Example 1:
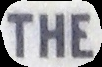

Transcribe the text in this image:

THE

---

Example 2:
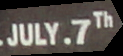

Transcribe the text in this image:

JULY.7Th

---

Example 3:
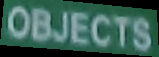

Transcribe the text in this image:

OBJECTS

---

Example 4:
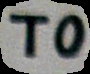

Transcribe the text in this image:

TO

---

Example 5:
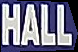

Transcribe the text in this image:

HALL